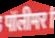
पॉलीमर